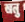
खलु